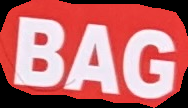
BAG